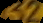
42